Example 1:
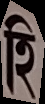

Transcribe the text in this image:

হি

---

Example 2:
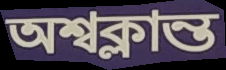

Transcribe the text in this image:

অশ্বক্লান্ত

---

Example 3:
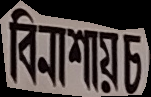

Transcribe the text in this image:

বিনাশায়চ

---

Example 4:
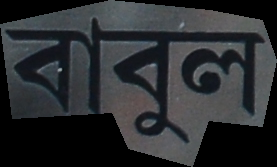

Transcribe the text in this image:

বাবুল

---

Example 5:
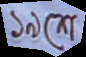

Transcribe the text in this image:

১৯শে